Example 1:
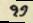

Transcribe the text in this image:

੧੭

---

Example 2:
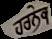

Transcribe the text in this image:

ਹਰਨੇਕ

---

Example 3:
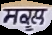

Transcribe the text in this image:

ਸਕੂਲ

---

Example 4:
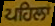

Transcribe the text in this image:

ਪਹਿਲਾ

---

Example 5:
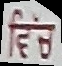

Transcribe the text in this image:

ਵਿੱਚ